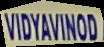
VIDYAVINOD